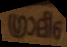
ഗ്രാമി 6